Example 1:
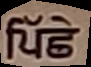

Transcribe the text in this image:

ਪਿੱਛੇ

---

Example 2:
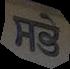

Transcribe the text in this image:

ਸਭੇ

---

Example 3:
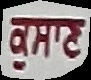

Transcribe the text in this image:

ਕੁਸਣ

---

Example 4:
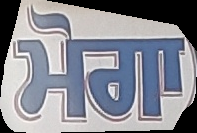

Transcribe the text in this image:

ਮੋਗਾ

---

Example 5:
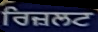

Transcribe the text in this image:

ਰਿਜ਼ਲਟ